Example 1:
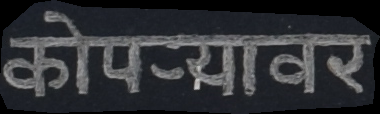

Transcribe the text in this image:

कोपऱ्यावर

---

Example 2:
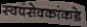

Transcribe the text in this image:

स्वयंसेवकांकडे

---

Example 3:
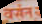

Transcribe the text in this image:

वर्सन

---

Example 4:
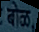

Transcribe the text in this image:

बोळ,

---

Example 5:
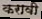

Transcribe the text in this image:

करावी